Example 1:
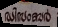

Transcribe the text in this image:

ഡിയംബർ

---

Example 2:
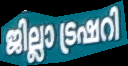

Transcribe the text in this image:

ജില്ലാട്രഷറി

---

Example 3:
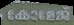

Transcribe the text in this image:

കോരളജ്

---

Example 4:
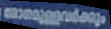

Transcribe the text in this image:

രോഗമുള്ളവർക്കും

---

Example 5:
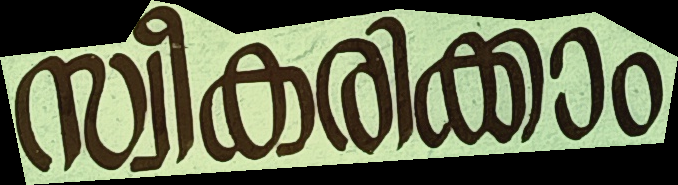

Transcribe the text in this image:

സ്വീകരിക്കാം